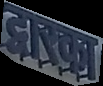
द्वारका